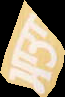
ਮਾਤਾ